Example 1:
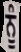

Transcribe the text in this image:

ਨੂੰ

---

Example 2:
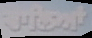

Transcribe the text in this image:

ਕਾਲਿਆਂ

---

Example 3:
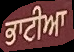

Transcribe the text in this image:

ਭਾਟੀਆ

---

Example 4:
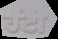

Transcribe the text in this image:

ਹਂਟੀ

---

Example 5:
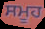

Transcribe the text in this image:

ਸਮੂਹ